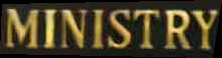
MINISTRY